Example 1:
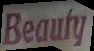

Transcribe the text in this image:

Beauty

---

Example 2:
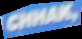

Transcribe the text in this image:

CHHAK,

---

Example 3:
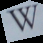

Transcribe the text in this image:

W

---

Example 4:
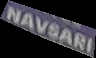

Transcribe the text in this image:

NAVSARI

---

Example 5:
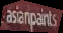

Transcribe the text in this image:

asianpaints